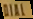
DIAL